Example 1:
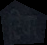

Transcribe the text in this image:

टियर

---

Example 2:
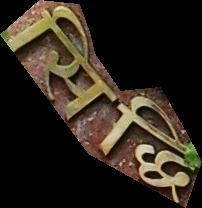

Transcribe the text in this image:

सिद्वि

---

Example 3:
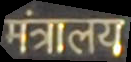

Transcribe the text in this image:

मंत्रालय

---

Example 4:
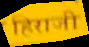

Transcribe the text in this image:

हिराजी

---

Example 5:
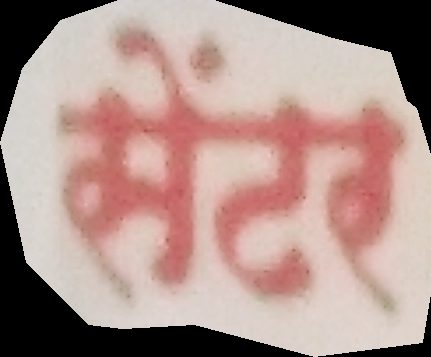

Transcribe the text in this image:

सेंटर